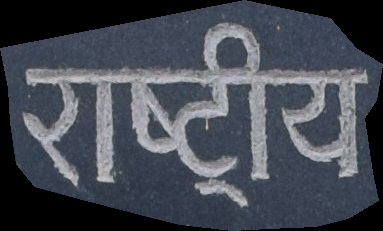
राष्ट्रीय